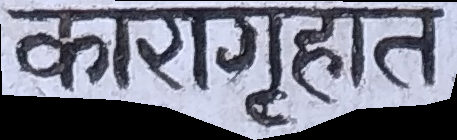
कारागृहात